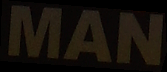
MAN